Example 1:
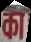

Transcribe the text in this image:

का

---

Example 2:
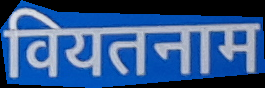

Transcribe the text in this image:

वियतनाम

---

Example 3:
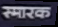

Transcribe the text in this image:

स्मारक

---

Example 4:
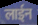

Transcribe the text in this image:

लाईन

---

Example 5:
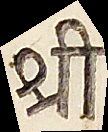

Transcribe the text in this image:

श्री